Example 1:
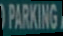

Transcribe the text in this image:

PARKING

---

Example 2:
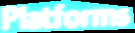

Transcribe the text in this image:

Platforms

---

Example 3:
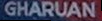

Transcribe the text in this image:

GHARUAN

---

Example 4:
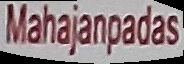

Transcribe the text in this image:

Mahajanpadas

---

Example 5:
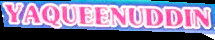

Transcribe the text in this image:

YAQUEENUDDIN